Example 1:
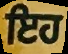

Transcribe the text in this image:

ਇਹ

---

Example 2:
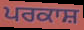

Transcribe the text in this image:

ਪਰਕਾਸ਼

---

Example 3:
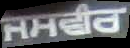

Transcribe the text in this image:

ਜਸਵੀਰ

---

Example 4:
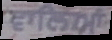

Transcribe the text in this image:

ਵਾਲਿਆਂ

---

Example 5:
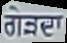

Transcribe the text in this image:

ਗੇੜਦਾ